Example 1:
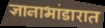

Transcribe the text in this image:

ज्ञानाभांडारात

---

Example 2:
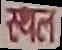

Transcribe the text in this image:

स्‍थल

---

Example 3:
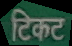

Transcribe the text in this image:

टिकट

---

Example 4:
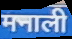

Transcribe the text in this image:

मनाली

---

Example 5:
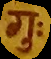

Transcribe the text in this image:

गुः